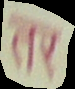
तर